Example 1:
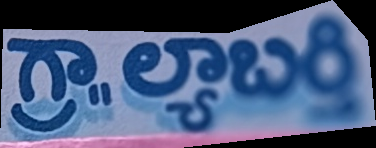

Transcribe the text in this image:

గ్రా|| ల్యాబర్తి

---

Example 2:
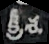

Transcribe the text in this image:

క్రీశ,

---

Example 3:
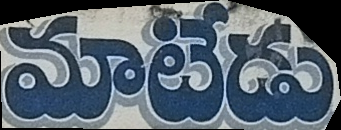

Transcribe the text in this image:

మాటేడు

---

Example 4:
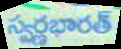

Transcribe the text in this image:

స్వర్ణభారత్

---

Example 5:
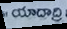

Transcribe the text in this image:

యాదాద్రి